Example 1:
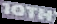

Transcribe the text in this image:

10TH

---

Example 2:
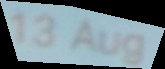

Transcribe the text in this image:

13Aug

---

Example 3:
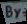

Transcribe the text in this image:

By:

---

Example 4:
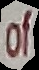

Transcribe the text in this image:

of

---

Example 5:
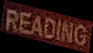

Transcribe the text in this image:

READING